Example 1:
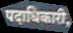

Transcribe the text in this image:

पदाधिकारी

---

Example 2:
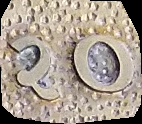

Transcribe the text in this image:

२०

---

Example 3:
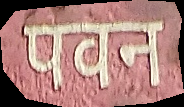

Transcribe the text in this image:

पवन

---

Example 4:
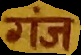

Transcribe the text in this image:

गंज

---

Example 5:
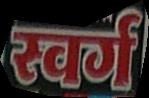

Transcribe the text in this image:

स्वर्ग